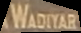
WADIYAR